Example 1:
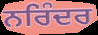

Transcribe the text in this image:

ਨਰਿੰਦਰ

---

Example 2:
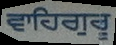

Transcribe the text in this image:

ਵਾਹਿਗ੍ਰਰੂ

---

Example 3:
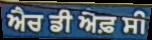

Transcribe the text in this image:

ਐਚਡੀਐਫ਼ਸੀ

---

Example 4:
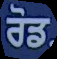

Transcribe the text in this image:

ਰੋਡ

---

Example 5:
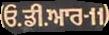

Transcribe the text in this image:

ਓ.ਡੀ.ਆਰ-11